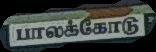
பாலக்கோடு